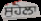
ਸਹੋਲਾ